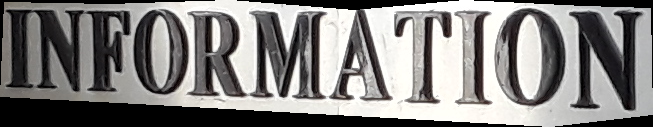
INFORMATION